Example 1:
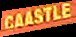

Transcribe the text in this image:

CAASTLE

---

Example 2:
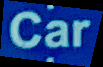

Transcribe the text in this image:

Car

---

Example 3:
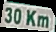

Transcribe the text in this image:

30Km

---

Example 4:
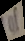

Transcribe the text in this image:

of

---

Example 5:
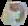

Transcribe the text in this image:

9